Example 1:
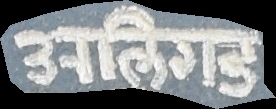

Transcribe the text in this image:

अलिगड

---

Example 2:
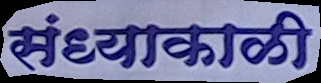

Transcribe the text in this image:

संध्याकाळी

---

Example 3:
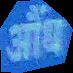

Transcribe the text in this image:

औंध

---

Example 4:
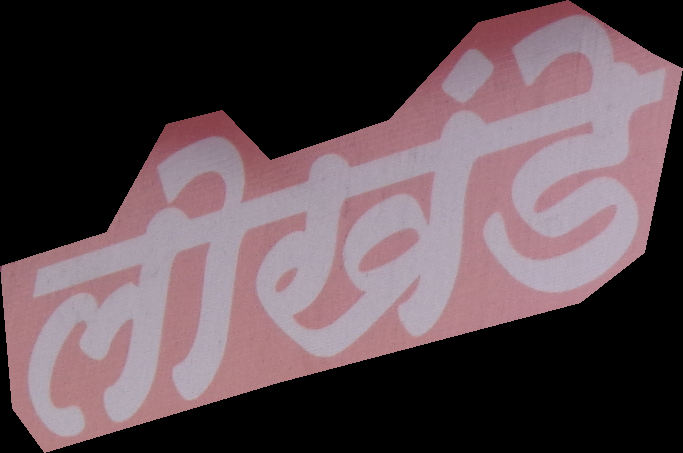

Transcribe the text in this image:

लोखंडे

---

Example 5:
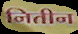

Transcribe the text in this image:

नितीन